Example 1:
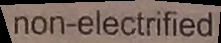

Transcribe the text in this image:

non-electrified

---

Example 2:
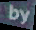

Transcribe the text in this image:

by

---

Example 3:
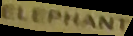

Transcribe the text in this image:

ELEPHANT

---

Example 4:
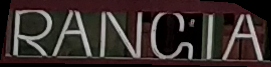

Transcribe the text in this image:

RANGIA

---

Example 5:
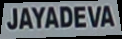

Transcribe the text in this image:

JAYADEVA